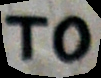
TO